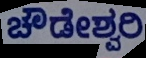
ಚೌಡೇಶ್ವರಿ